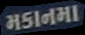
મકાનમા